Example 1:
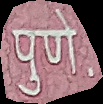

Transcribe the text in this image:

पुणे.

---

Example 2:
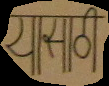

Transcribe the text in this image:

यासाठी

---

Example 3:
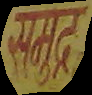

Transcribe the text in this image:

समुद्र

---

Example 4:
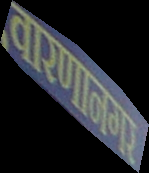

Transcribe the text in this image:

वारणानगर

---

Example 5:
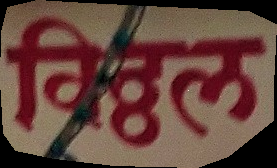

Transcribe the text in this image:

विठ्ठल